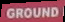
GROUND